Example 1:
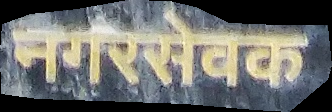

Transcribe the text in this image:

नगरसेवक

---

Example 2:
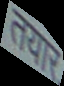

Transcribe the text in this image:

तयार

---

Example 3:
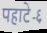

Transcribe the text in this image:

पहाटे-६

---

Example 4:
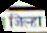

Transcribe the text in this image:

जिल्हा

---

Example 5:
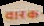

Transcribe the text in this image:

वार क